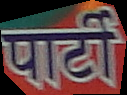
पार्टी